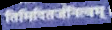
तिमिदितर्जनित्वम्